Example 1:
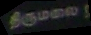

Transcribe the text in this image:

தி௫மலை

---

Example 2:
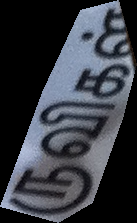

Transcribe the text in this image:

ருவிகள்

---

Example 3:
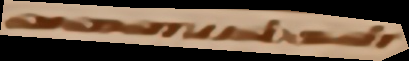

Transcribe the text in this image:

வங்காளம்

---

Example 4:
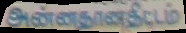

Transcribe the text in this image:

அன்னதானதிட்டம்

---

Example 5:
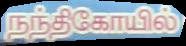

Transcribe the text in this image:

நந்திகோயில்